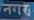
नगर